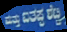
ಎತ್ತು ಐತಪ್ಪಳೆಟ್ಟ